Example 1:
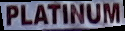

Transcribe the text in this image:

PLATINUM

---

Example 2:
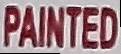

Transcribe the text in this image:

PAINTED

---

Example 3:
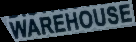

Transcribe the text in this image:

WAREHOUSE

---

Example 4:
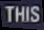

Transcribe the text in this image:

THIS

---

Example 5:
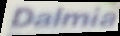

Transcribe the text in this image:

Dalmia